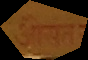
औसत